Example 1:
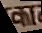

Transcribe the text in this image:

का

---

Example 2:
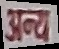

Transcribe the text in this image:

अन्य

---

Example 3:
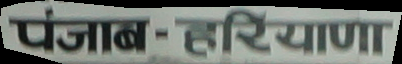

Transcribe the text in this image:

पंजाबऱ्हरियाणा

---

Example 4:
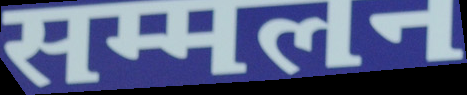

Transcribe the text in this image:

सम्मलन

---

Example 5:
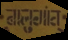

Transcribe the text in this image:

बालुगांव